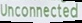
Unconnected